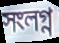
সংলগ্ন